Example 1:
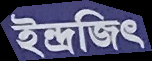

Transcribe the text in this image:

ইন্দ্রজিৎ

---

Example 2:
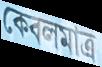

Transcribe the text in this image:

কেবলমাত্র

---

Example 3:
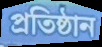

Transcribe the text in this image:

প্রতিষ্ঠান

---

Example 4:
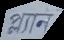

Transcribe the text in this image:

প্ল্যান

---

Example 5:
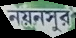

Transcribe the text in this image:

নয়নসুর